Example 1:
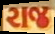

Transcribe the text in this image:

રાજ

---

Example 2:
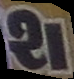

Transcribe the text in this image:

શ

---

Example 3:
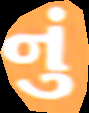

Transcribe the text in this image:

નું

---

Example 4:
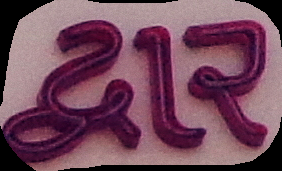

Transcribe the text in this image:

દ્વાર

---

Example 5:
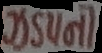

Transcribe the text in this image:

ઝડપની